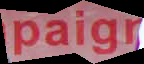
paigr